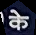
के